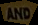
AND